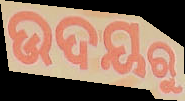
ଉଦୟରୁ